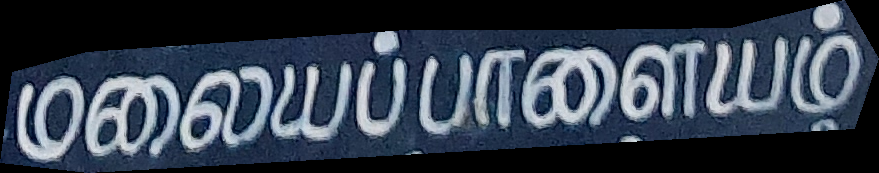
மலையப்பாளையம்